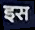
इस